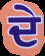
ਦੇ